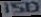
150